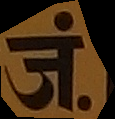
जं.